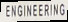
ENGINEERING